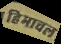
हिमाचल